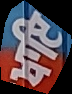
ਖਾਇ